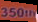
350th